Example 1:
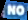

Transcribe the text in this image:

NO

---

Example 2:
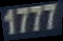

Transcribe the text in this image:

1777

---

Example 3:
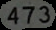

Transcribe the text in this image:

473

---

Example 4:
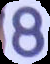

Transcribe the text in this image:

8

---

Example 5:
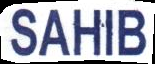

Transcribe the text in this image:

SAHIB